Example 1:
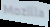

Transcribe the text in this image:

Mozilla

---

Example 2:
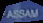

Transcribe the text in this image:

ASSAM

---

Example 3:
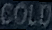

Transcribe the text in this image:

COLD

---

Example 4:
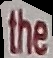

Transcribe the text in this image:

the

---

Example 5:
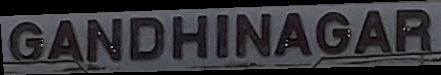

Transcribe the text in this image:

GANDHINAGAR